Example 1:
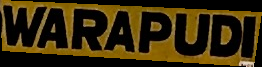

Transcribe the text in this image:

WARAPUDI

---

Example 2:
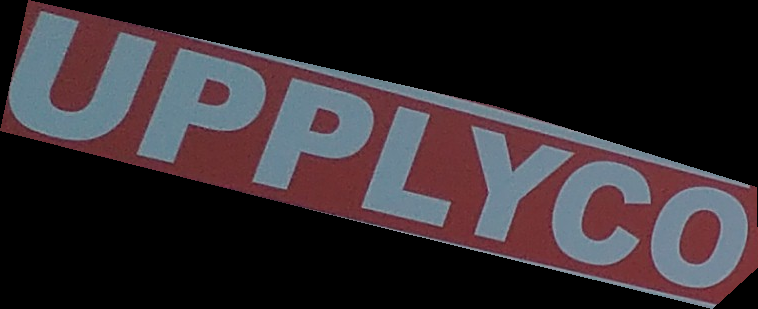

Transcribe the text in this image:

UPPLYCO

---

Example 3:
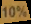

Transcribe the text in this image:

10%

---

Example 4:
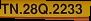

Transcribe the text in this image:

TN.28Q.2233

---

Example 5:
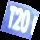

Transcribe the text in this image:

T20